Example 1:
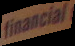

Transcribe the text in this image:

financial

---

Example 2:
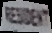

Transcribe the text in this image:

RESIDENT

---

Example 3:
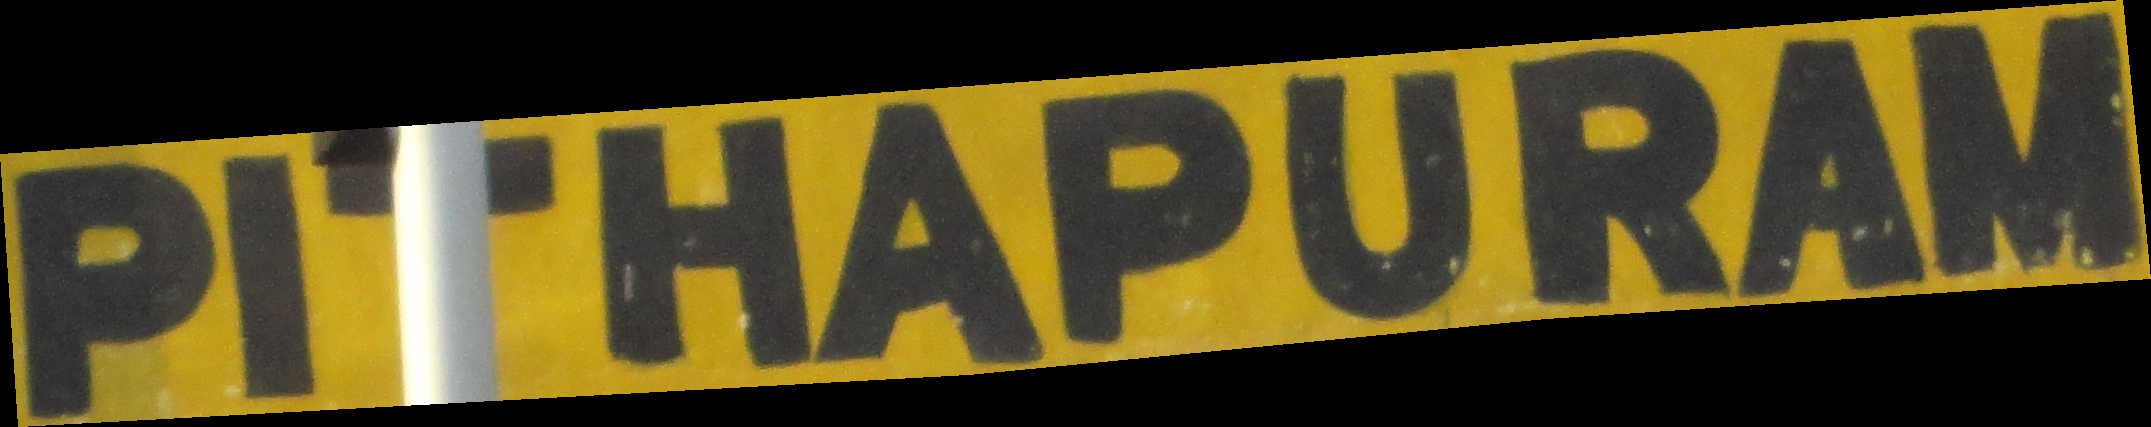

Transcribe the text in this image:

PITHAPURAM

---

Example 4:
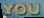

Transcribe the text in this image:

YOU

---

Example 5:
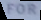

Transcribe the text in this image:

FOR